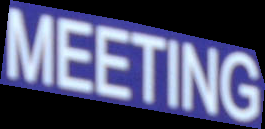
MEETING